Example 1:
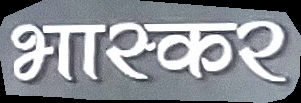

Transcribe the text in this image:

भास्कर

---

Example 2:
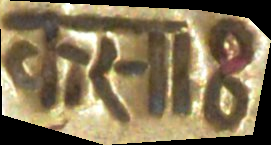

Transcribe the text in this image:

कसा 8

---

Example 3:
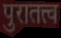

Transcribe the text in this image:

पुरातत्व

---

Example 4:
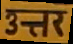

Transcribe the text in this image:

उत्तर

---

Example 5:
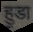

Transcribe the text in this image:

हुडा